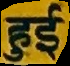
हुई